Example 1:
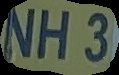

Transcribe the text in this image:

NH3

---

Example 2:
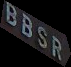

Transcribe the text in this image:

BBSR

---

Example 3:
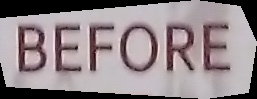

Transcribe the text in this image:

BEFORE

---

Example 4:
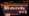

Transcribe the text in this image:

Bank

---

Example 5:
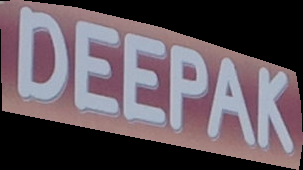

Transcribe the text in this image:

DEEPAK